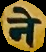
ने